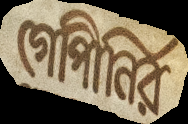
গোপীনির